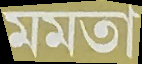
মমতা